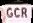
GCR